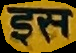
इस